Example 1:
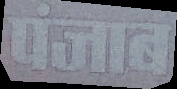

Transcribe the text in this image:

पंजाब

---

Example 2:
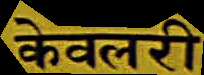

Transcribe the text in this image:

केवलरी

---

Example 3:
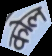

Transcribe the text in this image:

कोल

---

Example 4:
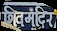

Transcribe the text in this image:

शिवमंदिर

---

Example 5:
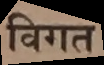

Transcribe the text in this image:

विगत